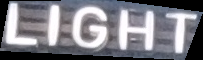
LIGHT